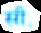
सी.